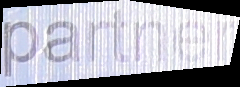
partner